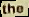
the